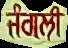
ਜੰਗਲੀ